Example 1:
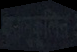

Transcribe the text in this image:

वातानुकूलित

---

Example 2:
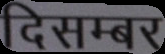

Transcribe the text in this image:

दिसम्बर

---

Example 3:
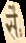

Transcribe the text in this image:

सै,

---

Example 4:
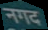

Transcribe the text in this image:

नगद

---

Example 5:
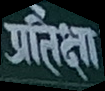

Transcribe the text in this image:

प्रतिक्षा